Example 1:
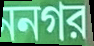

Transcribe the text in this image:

ননগর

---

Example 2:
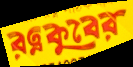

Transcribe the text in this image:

রত্নকুবের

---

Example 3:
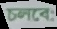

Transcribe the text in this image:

চলবে:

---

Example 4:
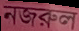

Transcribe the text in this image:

নজরুল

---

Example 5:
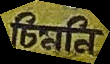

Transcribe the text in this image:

চিমনি